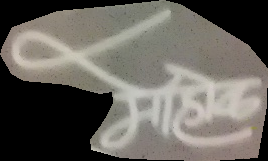
मोहाक